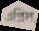
এপ্ৰিল